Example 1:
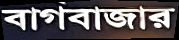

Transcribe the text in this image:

বাগবাজার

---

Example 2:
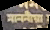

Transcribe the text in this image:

মাননীয়া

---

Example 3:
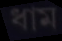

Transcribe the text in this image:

ধাম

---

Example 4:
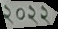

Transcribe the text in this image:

২০২২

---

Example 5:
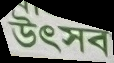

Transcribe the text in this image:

উৎসব